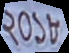
২০১৮